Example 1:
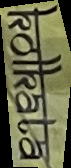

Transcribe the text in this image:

kolkata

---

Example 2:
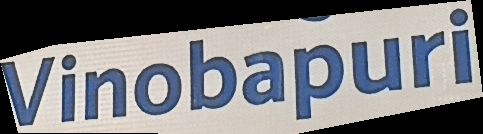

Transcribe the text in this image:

Vinobapuri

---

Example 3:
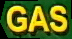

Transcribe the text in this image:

GAS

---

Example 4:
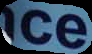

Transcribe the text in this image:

ce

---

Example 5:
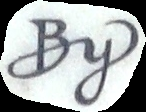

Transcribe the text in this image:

By